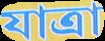
যাত্রা